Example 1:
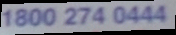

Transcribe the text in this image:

18002740444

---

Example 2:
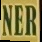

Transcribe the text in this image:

NER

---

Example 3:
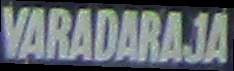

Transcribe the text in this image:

VARADARAJA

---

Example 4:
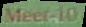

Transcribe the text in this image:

Meet-10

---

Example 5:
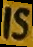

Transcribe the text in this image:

IS